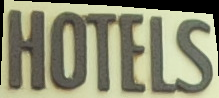
HOTELS